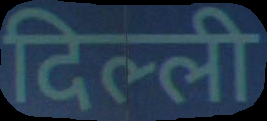
दिल्‍ली